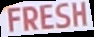
FRESH